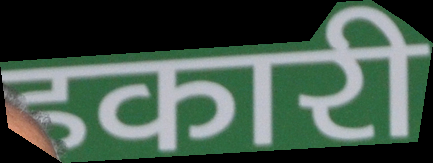
कारी